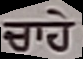
ਚਾਹੇ